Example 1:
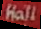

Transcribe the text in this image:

Hall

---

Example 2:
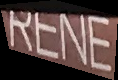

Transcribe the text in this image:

RENE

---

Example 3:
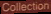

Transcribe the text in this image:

Collection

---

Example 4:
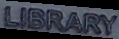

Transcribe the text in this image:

LIBRARY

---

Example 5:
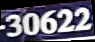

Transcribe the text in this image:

30622